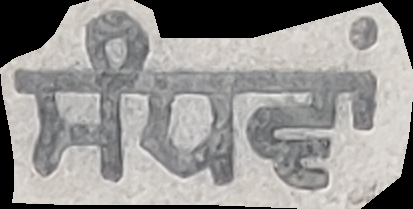
ਸੰਧਵਾਂ